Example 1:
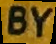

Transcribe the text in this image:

BY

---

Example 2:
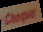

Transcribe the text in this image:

Cheque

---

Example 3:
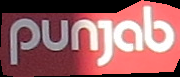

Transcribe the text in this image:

punjab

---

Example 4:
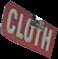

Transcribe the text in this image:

CLOTH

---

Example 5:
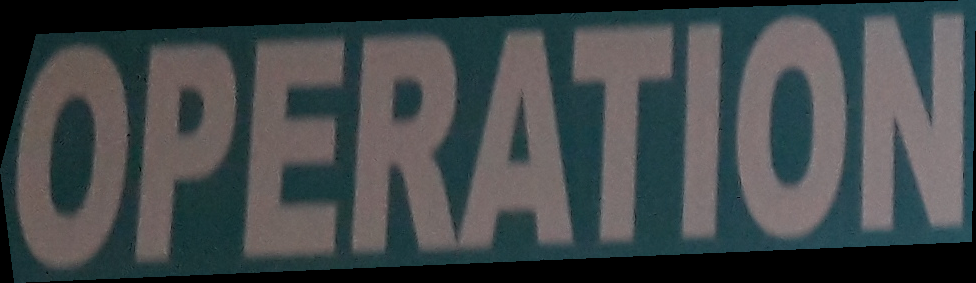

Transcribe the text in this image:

OPERATION